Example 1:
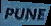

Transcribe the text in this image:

PUNE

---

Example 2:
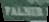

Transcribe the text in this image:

PALNER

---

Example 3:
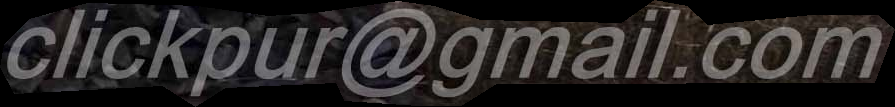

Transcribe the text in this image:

clickpur@gmail.com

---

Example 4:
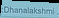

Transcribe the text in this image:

:Dhanalakshml.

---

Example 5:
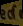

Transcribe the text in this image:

of